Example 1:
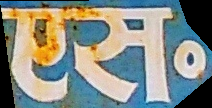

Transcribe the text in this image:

एस०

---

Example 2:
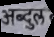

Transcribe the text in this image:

अब्दुल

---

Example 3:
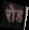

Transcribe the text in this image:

रोड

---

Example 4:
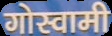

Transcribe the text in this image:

गोस्वामी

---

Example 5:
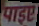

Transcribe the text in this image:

पाइए